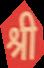
श्री